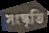
সংস্কৃতি